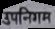
उपनिगम